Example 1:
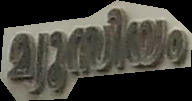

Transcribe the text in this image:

മ്യൂസിയം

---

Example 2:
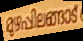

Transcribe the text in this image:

മുഴപ്പിലങ്ങാട്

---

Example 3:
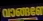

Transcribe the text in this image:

വാങ്ങളേ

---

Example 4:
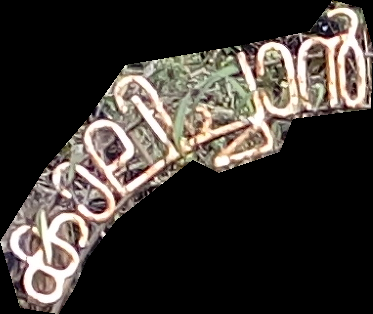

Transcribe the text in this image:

കാലിച്ചാൻ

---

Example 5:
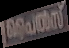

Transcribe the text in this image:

പൈൽസ്